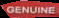
GENUINE